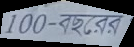
100-বছরের